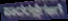
ಪಾದರಕ್ಷೆಗಳಗೆ